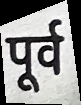
पूर्व